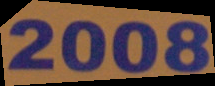
2008